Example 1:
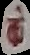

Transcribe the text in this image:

के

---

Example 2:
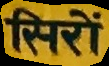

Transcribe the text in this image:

सिरों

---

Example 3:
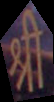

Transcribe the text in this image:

श्री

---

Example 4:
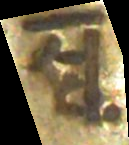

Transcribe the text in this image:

स.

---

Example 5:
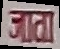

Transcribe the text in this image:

जाता